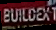
BUILDEXT